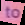
to